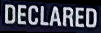
DECLARED